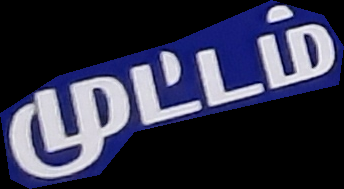
முட்டம்